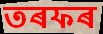
তৰফৰ